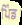
ਪਿਂਡ